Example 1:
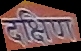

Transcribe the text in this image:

दक्षिण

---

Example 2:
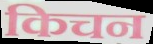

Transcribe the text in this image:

किचन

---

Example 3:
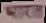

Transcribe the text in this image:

भारत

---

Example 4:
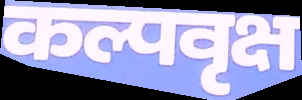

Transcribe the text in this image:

कल्पवृक्ष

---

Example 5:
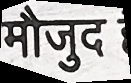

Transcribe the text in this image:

मौजुद है